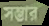
সম্ভার